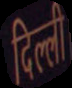
दिल्ली